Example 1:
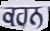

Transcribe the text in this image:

ਕਹਨ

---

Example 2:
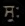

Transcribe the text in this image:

ਸ੍ਰ:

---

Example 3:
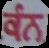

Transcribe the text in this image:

ਕੰਨ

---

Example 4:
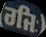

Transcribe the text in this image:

ਹਜਿਃ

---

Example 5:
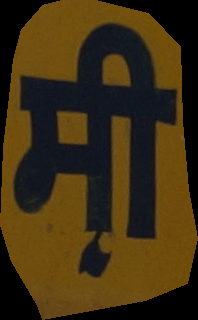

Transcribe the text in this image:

ਸੀ